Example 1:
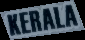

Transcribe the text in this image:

KERALA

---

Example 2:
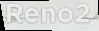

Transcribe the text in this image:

Reno2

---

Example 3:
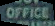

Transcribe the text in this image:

OFFICE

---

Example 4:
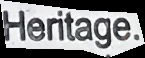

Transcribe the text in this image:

Heritage.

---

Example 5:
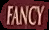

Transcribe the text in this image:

FANCY